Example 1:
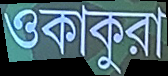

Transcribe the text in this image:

ওকাকুরা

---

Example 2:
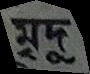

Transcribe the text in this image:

মৃদু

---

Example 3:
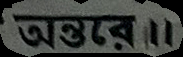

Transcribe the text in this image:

অন্তরে ৷৷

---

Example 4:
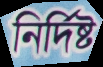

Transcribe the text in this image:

নির্দিষ্ট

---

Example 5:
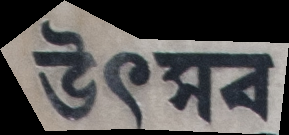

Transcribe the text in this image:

উৎসব